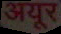
अयूर